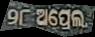
୨୮ ଅପ୍ରେଲ